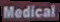
Medical